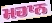
ਮਹਾਨ